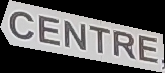
CENTRE